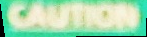
CAUTION